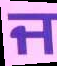
ਜ